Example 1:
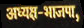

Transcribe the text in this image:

अध्यक्ष-भाजपा,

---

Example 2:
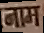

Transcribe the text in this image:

नाम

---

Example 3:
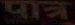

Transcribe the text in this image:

पात्र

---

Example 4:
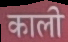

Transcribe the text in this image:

काली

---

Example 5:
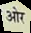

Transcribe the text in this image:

ओर